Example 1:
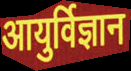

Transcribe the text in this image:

आयुर्विज्ञान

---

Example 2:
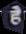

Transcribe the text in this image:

हैे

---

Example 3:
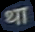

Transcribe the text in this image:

था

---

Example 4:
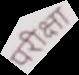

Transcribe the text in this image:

परीक्षा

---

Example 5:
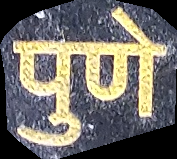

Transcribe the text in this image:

पुणे